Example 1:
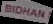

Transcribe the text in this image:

BIDHAN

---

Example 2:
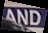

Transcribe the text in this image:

AND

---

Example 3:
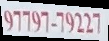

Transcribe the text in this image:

97797-79227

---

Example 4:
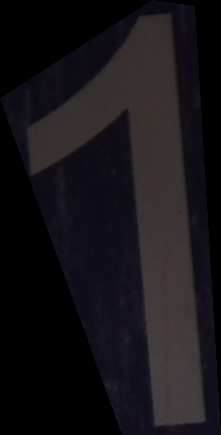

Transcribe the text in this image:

1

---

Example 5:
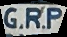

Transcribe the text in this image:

G.R.P